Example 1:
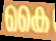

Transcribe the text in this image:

കൈ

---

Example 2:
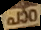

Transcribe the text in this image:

പാഠ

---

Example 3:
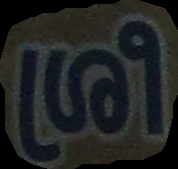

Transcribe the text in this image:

ശ്രീ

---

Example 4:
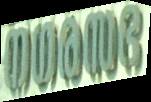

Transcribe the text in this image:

നഗരസഭ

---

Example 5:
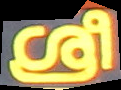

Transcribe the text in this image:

ശ്രീ